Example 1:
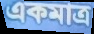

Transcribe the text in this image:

একমাত্র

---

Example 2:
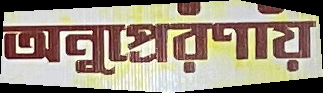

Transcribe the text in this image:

অনুপ্রেরণায়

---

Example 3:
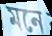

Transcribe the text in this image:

মনে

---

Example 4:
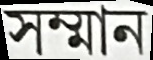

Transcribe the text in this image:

সম্মান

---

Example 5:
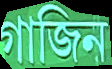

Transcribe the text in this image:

গাজিন